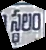
స్ధలం